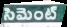
సిమెంట్